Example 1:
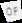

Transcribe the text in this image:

OF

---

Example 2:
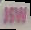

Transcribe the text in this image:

JSW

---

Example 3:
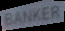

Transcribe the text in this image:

BANKER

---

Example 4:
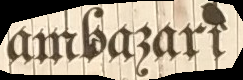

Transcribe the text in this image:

ambazari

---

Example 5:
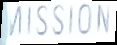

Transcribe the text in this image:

MISSION